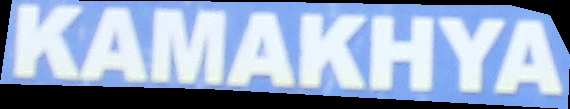
KAMAKHYA